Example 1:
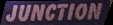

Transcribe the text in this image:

JUNCTION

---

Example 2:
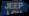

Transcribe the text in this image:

JEEP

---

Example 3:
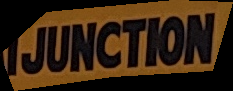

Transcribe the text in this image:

IJUNCTION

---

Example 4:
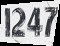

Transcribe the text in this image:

1247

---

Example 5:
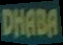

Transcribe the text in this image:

DHABA